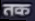
तक